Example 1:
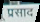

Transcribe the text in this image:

प्रसाद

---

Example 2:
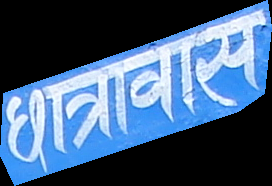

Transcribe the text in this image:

छात्रावास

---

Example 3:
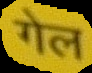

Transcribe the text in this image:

गेल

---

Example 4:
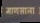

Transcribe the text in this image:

माणसाला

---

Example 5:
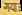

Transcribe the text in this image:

गया